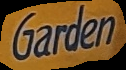
Garden